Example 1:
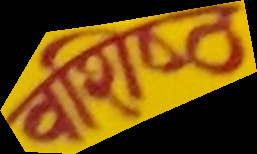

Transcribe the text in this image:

वशिष्ठ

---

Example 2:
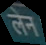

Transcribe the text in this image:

लेन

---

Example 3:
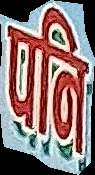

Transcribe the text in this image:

पनि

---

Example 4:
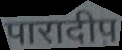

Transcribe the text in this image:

पारादीप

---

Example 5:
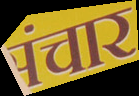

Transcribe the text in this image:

संचार